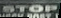
STOP